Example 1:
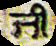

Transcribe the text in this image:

ਜੀ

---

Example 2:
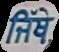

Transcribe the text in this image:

ਜਿੱਥੇ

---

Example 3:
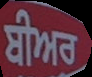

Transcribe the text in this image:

ਬੀਅਰ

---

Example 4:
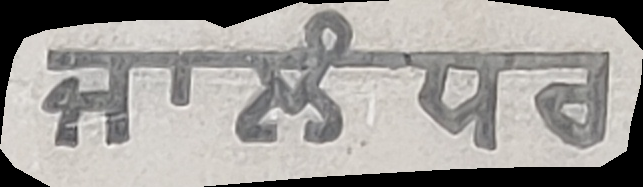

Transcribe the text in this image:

ਜਾਲੀਧਰ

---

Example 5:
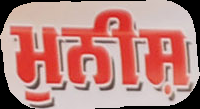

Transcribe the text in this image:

ਮੁਨੀਸ਼